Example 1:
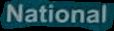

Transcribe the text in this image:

National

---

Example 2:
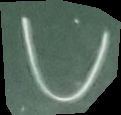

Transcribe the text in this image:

U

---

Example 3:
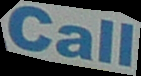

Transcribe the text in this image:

Call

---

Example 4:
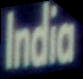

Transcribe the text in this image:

India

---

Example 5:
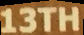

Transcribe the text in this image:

13TH